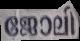
ജോലി